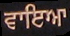
ਵਾਇਆ